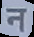
न